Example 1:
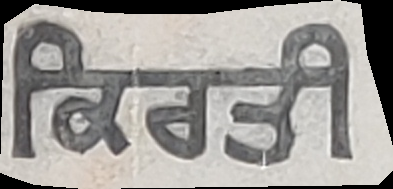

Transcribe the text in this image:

ਕਿਰਤੀ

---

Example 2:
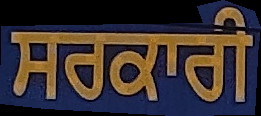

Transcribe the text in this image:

ਸਰਕਾਰੀ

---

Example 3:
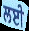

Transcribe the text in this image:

ਲਈ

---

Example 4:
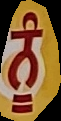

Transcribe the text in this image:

ਨੂੰ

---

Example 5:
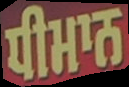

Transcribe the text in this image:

ਧੀਮਾਨ